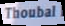
Thoubal